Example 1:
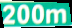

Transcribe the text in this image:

200m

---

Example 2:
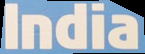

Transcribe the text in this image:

India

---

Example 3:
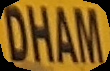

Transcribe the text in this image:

DHAM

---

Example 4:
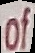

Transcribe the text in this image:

of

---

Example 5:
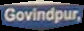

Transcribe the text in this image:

Govindpur,